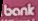
bank